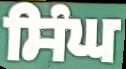
ਸਿੰਘ